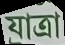
যাত্রা